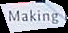
Making